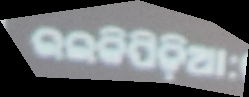
ଉଇକିଠିନିଆ: